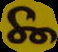
꯳